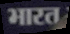
भारत